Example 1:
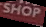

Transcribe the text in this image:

SHOP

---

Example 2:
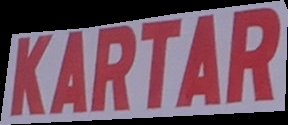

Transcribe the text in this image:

KARTAR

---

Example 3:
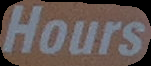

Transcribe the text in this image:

Hours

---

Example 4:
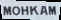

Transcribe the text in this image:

MOHKAM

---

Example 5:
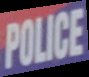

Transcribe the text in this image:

POLICE